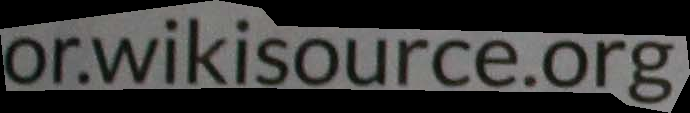
or.wikisource.org